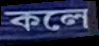
কলে